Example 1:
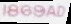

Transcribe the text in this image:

1869AD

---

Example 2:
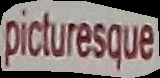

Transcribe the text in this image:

picturesque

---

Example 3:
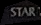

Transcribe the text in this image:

STAR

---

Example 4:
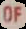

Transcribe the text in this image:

OF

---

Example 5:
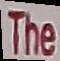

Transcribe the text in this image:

The